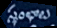
స్తంభబ